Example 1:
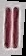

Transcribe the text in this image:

II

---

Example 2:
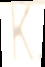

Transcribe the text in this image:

K.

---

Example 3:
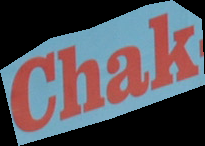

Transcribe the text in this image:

Chak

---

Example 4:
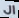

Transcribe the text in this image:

JI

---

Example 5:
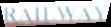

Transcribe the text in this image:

RAILWAY